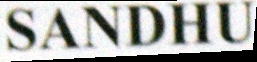
SANDHU